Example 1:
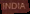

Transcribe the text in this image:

INDIA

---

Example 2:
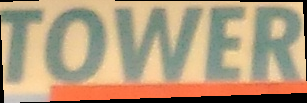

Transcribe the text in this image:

TOWER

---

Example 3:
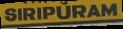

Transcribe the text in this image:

SIRIPURAM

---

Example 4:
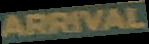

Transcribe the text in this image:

ARRIVAL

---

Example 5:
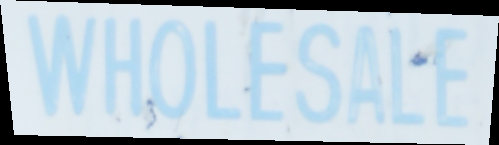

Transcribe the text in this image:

WHOLESALE